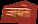
जयते